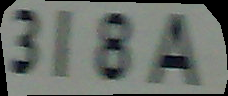
318A